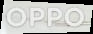
OPPO